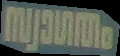
സ്വാഗതം